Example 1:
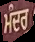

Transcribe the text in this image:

ਮੰਦਰ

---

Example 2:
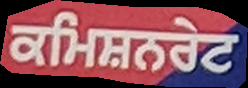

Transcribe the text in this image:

ਕਮਿਸ਼ਨਰੇਟ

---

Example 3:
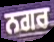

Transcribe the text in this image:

ਨਗਰ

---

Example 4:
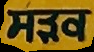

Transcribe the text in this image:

ਸੜਕ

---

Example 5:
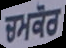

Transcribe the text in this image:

ਚਮਕੋਰ